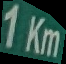
1Km